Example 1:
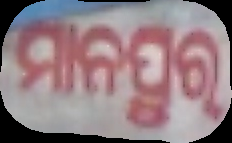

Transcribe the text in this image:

ମାନପୁର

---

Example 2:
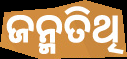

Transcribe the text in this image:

ଜନ୍ମତିଥ୍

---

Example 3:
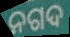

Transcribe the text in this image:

ନଗଦ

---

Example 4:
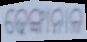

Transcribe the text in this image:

ଢେଙ୍କାନାଳ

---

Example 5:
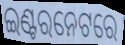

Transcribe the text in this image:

ଇଣ୍ଟରନେଟରେ